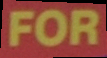
FOR